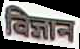
विज्ञान